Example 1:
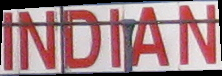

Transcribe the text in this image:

INDIAN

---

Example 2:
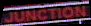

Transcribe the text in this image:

JUNCTION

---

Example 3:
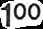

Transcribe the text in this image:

100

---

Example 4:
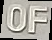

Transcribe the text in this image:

OF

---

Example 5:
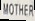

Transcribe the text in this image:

MOTHER